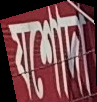
যশোদা